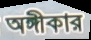
অঙ্গীকার